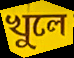
খুলে